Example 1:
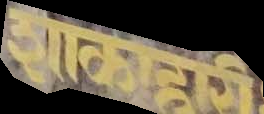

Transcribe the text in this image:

शाकाहारी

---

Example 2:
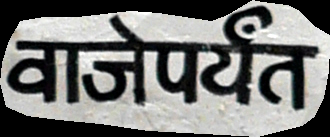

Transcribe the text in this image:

वाजेपर्यंत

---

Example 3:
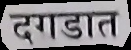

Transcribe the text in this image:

दगडात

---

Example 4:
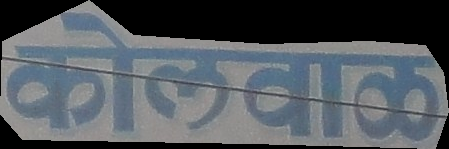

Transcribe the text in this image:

कोलवाळ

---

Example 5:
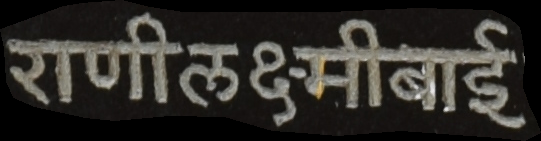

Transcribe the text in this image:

राणी लक्ष्मीबाई